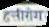
हत्तीरोग